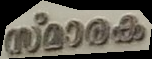
സ്മാരക